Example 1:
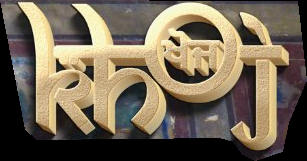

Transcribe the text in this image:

knoj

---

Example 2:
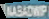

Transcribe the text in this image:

NABADWIP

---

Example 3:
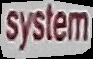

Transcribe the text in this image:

system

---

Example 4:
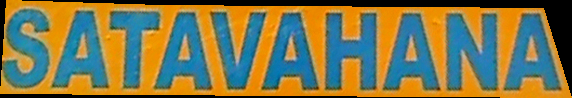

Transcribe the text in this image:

SATAVAHANA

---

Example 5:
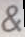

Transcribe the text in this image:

&